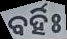
ବହିଃ